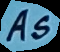
AS